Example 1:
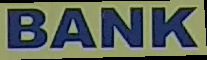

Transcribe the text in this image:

BANK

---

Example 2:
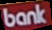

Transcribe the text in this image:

bank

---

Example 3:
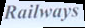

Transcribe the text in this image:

Railways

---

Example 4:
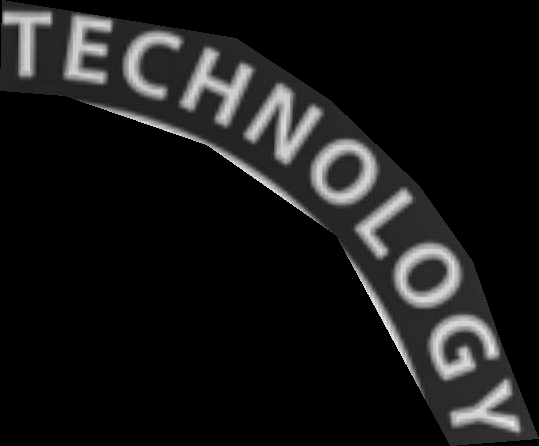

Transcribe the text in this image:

TECHNOLOGY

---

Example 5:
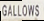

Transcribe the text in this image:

GALLOWS